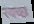
स्वच्छ